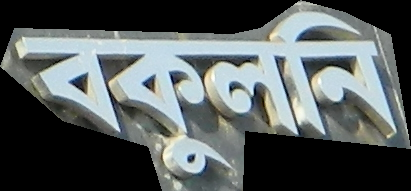
বকুলনি